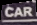
CAR